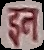
इन